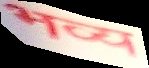
भव्य